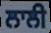
ਲਾਲੀ